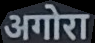
अगोरा